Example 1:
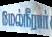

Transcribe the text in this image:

மேல்நீராா்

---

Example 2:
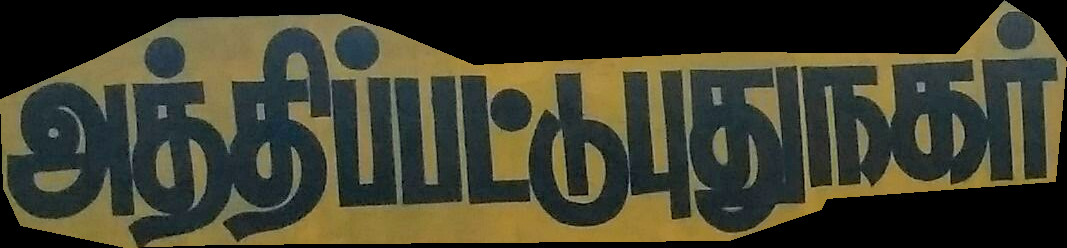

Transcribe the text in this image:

அத்திப்பட்டுபதுநகா்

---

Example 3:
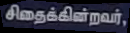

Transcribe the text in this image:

சிதைக்கின்றவர்,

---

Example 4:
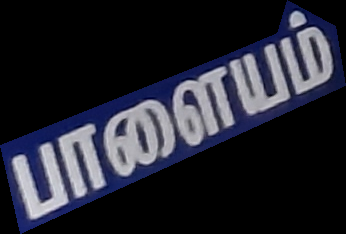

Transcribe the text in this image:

பாளையம்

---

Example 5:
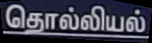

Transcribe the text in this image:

தொல்லியல்